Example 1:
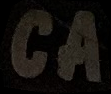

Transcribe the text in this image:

CA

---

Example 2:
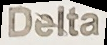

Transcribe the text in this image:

Delta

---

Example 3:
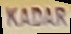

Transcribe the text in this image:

KADAR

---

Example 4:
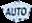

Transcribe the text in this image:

AUTO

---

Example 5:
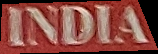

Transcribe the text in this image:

INDIA